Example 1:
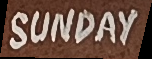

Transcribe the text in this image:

SUNDAY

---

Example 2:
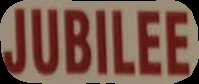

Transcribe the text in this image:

JUBILEE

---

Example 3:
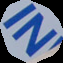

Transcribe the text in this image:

IN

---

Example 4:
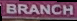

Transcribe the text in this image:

BRANCH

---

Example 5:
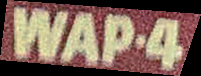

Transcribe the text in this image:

WAP-4